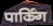
पार्किंग